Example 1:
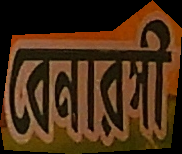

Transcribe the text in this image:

বেনাৱসী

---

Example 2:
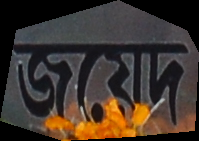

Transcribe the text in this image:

জয়েদ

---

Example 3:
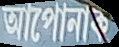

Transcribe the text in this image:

আপোনাক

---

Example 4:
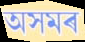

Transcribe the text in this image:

অসমৰ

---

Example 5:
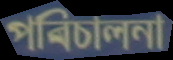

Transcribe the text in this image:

পৰিচালনা